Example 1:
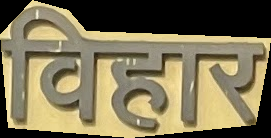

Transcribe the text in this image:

विहार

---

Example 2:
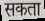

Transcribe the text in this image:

सकता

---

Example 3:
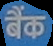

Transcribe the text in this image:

बैंक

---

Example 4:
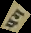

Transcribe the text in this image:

पग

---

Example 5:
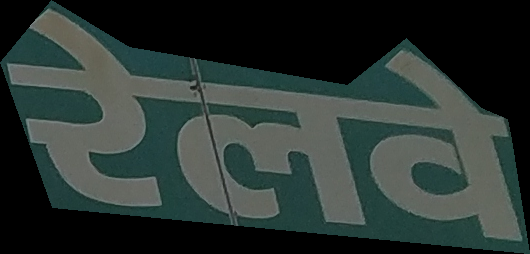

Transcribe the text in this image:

रेलवे